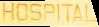
HOSPITAL